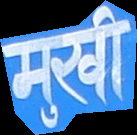
मुखी